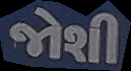
જોશી